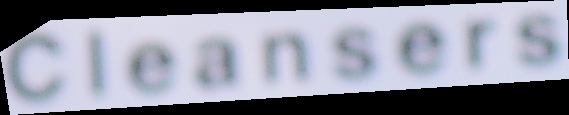
Cleansers